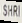
SHRI